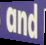
and